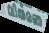
വിതരണ